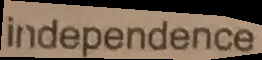
independence